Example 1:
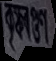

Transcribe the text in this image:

কৃষ্ণৰগুণ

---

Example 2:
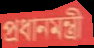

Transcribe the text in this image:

প্ৰধানমন্ত্ৰী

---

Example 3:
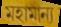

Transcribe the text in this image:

মহামান্য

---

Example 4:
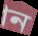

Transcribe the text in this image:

ন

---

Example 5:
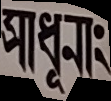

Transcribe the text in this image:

সাধুনাং